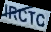
IRCTC